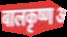
बालकृष्णअ